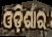
ଓଡ଼ିଶାର